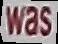
was